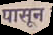
पासून